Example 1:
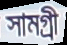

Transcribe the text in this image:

সামগ্রী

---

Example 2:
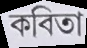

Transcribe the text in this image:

কবিতা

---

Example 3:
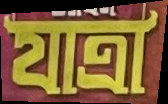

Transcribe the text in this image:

যাত্রা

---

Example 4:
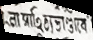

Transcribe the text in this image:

লা সাহিত্যভাণ্ডারে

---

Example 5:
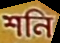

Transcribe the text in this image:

শনি